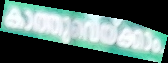
കാത്തുവെയ്ക്കാം